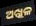
ଅଖୁଳ